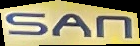
SAN